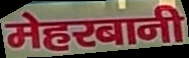
मेहरबानी